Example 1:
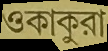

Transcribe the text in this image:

ওকাকুরা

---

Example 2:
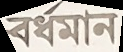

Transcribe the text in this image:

বর্ধমান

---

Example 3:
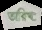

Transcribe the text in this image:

তারিখ:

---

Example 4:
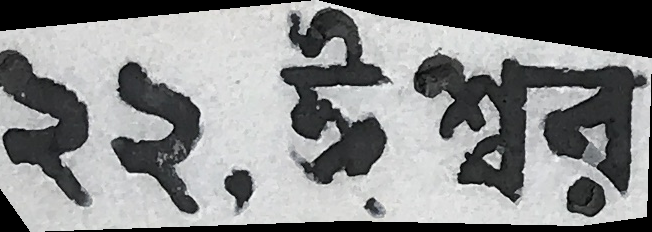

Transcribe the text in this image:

২২ঈশ্বর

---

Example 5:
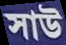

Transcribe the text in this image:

সাউ